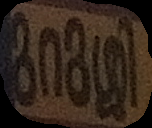
റുശ്ശി